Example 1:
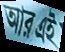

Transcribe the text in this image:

আরএই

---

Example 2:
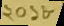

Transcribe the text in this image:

২০১৮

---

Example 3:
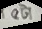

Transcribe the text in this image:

৫টা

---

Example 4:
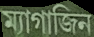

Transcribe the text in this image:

ম্যাগাজিন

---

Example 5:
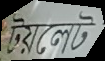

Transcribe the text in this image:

টয়লেট